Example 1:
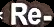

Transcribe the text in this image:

Re-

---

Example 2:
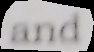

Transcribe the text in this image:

and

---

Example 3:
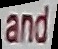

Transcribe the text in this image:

and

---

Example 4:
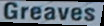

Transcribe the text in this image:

Greaves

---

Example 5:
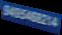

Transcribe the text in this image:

9495468214